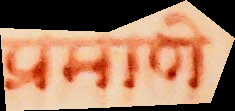
प्रमाणे